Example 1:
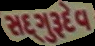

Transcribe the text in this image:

સદ્દગુરુદેવ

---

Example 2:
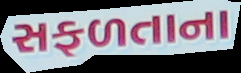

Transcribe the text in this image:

સફળતાના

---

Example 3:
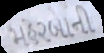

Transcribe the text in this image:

મહેરબાની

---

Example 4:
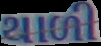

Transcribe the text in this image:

થાળી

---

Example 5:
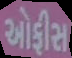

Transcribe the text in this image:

ઓફીસ